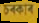
চৰকাৰ